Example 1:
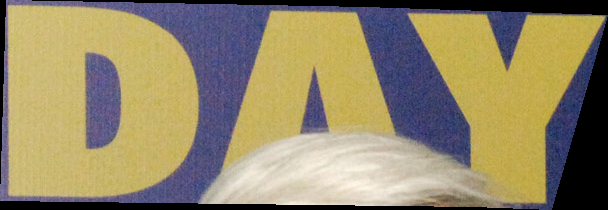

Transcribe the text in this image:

DAY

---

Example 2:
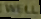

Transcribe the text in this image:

WELL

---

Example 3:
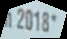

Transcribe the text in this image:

2018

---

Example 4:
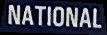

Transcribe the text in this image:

NATIONAL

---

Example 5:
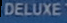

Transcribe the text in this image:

DELUXE